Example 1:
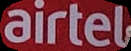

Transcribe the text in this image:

airtel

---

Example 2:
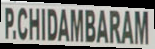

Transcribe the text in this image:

P.CHIDAMBARAM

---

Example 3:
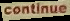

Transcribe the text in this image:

continue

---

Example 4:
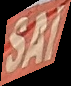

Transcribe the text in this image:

SAI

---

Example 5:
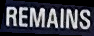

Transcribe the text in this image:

REMAINS